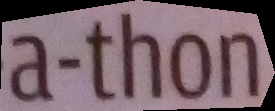
a-thon